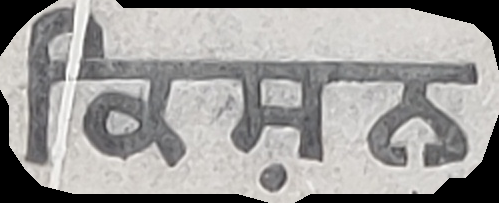
ਕਿਸ਼ਨ